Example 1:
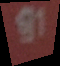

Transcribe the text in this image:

ଶ୍ରୀ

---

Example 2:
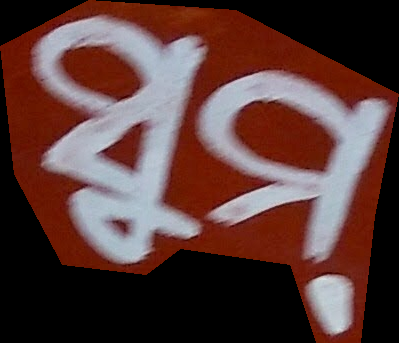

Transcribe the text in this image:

ସ୍ଟମ୍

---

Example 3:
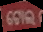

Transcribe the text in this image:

ହୋଇ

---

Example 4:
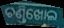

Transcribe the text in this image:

ଚଣ୍ଡିଖୋଲ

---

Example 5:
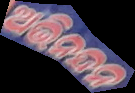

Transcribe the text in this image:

ଅଭିନନ୍ଦନ